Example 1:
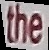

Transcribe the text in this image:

the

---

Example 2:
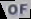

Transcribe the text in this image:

OF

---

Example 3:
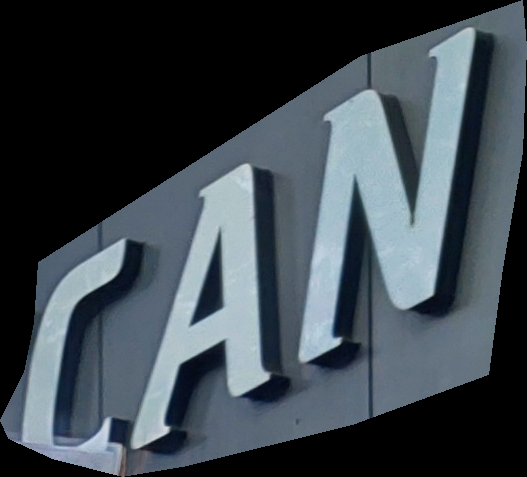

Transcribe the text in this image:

CAN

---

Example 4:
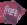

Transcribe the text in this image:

coca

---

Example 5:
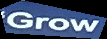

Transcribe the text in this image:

Grow